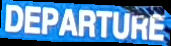
DEPARTURE